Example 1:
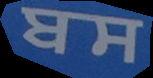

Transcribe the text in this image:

ਬਸ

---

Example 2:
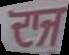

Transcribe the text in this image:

ਦਾਜ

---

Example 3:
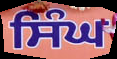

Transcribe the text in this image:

ਸਿੰਘ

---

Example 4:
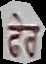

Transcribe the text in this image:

ਫੇਰ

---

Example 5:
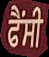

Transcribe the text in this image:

ਫੈਂਸੀ